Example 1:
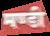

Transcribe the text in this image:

मण्डी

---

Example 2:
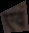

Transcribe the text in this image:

एवं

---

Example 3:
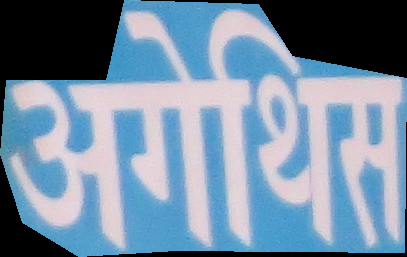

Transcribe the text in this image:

अगेथिस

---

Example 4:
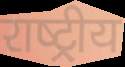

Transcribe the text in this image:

राष्ट्रीय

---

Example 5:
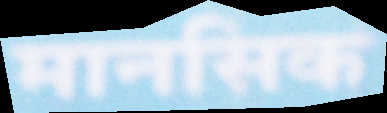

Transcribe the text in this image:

मानसिक